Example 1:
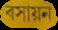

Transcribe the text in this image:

ৰসায়ন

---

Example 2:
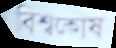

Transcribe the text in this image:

বিশ্বকোষ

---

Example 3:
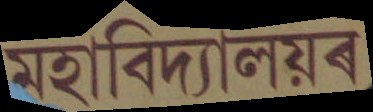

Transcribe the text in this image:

মহাবিদ্যালয়ৰ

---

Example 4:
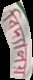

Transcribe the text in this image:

বিদ্যালয়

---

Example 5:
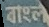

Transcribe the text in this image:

বাংল